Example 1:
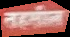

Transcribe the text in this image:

तहसील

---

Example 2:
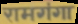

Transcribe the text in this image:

रामगंगा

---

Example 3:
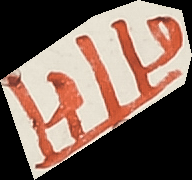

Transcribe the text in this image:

नाम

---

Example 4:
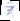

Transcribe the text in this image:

हे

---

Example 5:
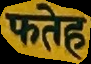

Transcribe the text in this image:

फतेह